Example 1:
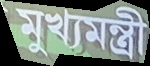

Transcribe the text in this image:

মুখ্যমন্ত্রী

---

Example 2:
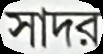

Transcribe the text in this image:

সাদর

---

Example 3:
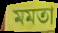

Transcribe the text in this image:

মমতা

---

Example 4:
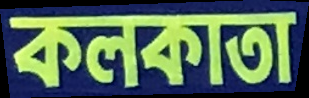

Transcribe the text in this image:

কলকাতা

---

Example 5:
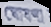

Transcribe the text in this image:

ঘোষণা